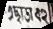
এছাড়া বহু